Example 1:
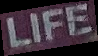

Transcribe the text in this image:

LIFE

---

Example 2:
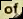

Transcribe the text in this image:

of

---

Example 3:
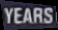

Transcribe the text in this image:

YEARS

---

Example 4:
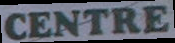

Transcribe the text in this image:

CENTRE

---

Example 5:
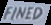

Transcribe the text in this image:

FINED